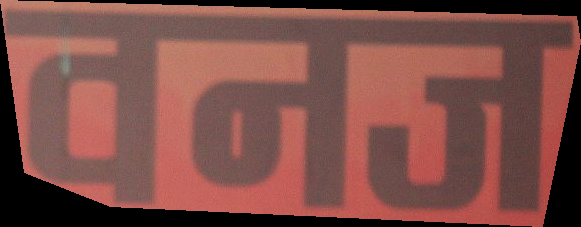
वनज